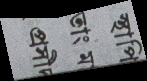
স্থাপি গতাং মা হু প্রসীদ